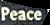
Peace